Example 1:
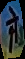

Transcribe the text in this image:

ਜੇ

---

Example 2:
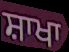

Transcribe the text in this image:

ਸ਼ਾਖਾ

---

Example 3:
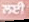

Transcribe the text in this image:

ਲਈ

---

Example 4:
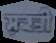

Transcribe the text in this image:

ਸਕਤੀ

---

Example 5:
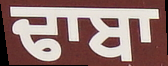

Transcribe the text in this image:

ਢਾਬਾ